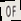
OF